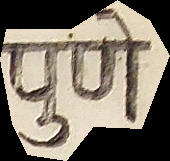
पुणे